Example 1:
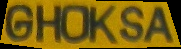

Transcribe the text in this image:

GHOKSA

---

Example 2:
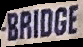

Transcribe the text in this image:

BRIDGE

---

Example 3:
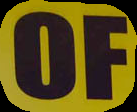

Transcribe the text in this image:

OF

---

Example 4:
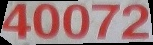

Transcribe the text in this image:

40072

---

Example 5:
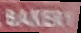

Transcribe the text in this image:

BAKERY